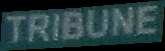
TRIBUNE